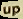
up